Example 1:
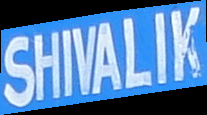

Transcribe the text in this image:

SHIVALIK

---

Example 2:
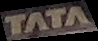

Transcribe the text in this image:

TATA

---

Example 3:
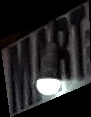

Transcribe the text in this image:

MART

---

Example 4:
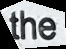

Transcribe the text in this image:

the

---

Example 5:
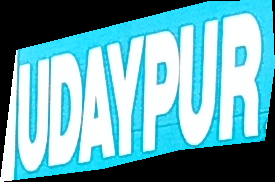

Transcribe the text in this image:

UDAYPUR